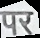
पर